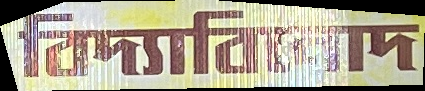
বিদ্যাবিনোদ